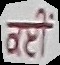
ਕਈਂ